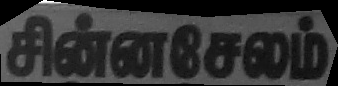
சின்னசேலம்